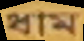
ধাম